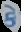
કે